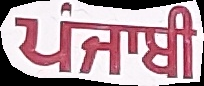
ਪੰਜਾਬੀ